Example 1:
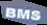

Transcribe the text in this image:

BMS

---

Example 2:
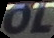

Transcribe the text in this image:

OL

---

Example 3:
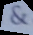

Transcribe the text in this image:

&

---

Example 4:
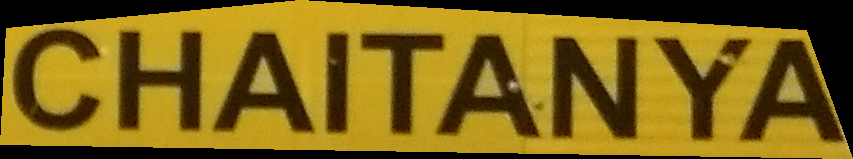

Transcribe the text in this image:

CHAITANYA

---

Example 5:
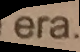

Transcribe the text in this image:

era.